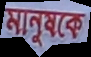
মানুষকে